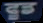
ਫੂਡ